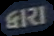
ક1ર1